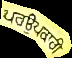
ਪਰਉਪਕਾਰੀ